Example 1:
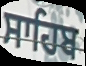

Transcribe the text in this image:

ਸਾਹਿਬ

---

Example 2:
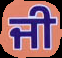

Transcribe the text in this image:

ਜੀ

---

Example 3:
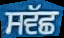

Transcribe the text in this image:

ਸਵੱਛ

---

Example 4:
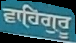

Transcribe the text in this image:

ਵਾਹਿਗੁਰੂ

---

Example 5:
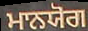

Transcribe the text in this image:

ਮਾਨਯੋਗ